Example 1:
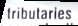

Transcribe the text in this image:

tribularies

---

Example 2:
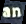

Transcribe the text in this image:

an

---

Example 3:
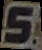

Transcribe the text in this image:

S.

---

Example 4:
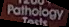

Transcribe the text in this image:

Pathology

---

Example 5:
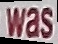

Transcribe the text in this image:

was